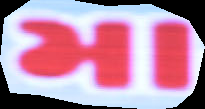
મા